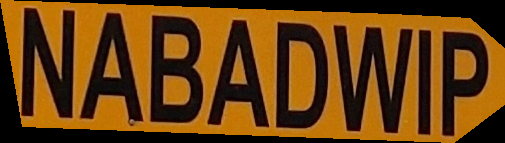
NABADWIP